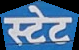
स्टेट